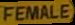
FEMALE